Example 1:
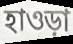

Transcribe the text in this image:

হাওড়া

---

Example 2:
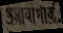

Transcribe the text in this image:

প্রসাবাপা.র.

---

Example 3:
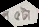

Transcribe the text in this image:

৫টা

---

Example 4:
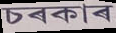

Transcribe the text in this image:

চৰকাৰ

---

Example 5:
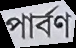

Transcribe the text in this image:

পার্বণ